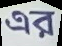
এর